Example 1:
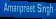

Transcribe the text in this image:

AmarpreetSingh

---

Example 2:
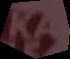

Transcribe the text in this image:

KA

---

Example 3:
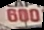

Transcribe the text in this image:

600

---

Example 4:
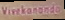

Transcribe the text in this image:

Vivekananda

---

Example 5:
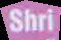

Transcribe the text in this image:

Shri